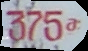
375a.